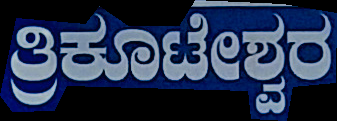
ತ್ರಿಕೂಟೇಶ್ವರ